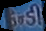
ન્ડી